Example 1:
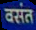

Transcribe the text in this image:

वसंत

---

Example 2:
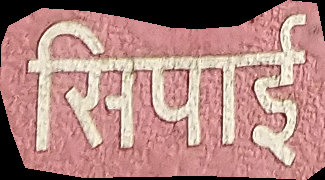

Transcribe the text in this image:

सिपाई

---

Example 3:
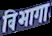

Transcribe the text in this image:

विभागा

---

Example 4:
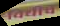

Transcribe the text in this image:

विधाचे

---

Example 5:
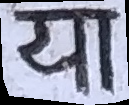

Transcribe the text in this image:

या